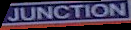
JUNCTION